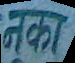
नका